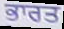
ਭਾਰਤ